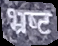
भ्रष्ट